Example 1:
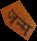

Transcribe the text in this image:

जन्म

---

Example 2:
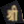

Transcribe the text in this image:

श्री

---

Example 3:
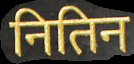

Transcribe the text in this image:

नितिन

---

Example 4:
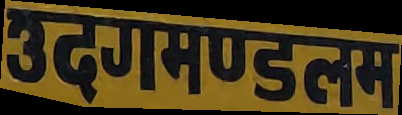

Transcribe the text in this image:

उदगमण्डलम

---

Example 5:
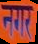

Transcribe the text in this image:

नगर